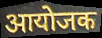
आयोजक